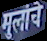
मुलांचे